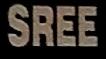
SREE